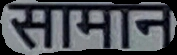
सामान